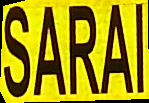
SARAI